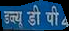
डब्ल्यू डी पी 4